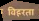
विहरता